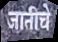
जातीचे